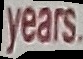
years.